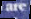
are